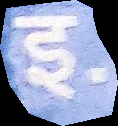
इ.